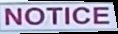
NOTICE